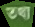
তথ্য